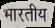
भारतीय